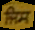
ਜਿਸ